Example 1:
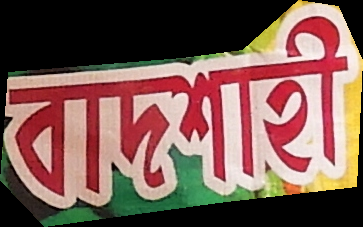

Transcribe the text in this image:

বাদশাহী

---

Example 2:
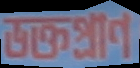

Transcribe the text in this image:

ভক্তপ্ৰাণ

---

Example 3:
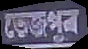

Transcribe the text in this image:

ভেজপুত্র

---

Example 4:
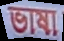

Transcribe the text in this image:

ভাষা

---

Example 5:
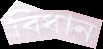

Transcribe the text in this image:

বিধান